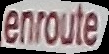
enroute